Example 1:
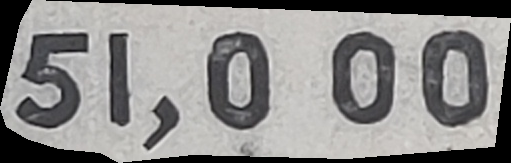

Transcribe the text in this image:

51,000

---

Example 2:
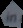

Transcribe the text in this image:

in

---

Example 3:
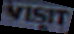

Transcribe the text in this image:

VISIT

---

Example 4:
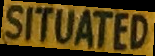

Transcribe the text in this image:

SITUATED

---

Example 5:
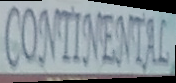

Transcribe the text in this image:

CONTINENTAL